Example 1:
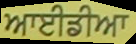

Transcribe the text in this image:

ਆਈਡੀਆ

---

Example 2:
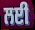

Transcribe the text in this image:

ਲਈ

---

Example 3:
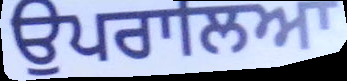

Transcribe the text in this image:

ਉਪਰਾਲਿਆ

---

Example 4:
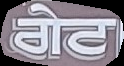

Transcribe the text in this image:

ਗੇਟ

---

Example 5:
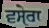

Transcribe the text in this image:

ਵਸੇਗ